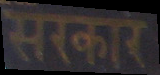
सरकार